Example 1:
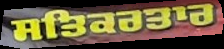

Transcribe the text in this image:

ਸਤਿਕਰਤਾਰ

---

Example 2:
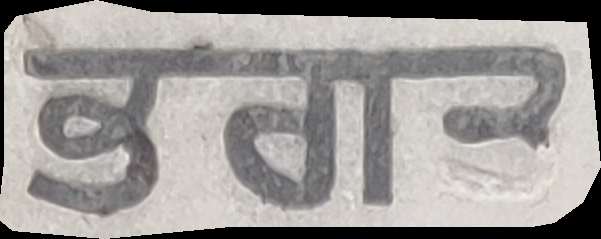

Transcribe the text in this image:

ਭਗਤ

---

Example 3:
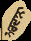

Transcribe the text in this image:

ਮਰਦਾਨਾ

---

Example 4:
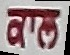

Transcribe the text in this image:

ਕਾਲ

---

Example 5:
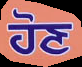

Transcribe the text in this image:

ਹੋਣ